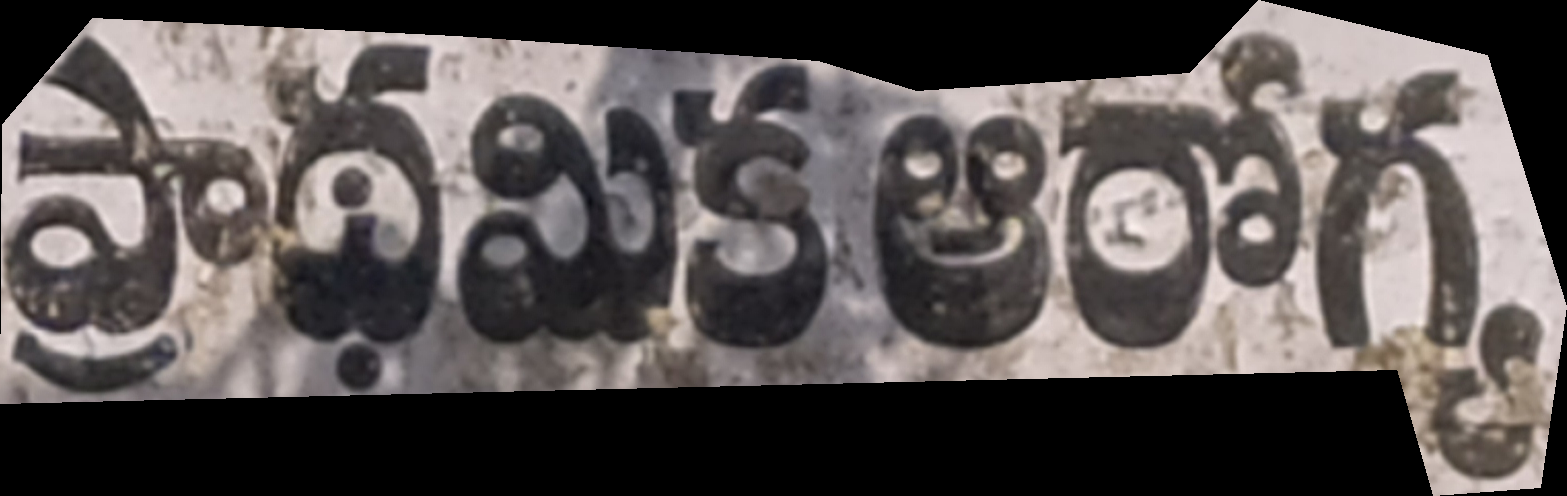
ప్రాథమిక ఆరోగ్య